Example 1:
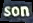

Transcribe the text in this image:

son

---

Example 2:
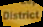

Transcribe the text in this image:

District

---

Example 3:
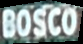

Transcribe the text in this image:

BOSCO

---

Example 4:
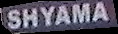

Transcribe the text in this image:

SHYAMA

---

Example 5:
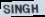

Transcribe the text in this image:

SINGH